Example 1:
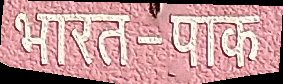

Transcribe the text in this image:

भारत-पाक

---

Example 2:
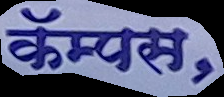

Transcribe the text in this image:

कॅम्पस,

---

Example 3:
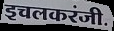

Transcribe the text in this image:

इचलकरंजी.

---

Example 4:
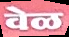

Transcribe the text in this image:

वेळ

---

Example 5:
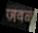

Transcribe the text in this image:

जवळ